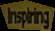
Inspiring